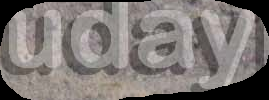
uday